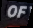
OF